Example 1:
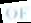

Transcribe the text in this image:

OF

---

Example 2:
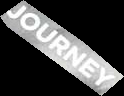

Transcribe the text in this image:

JOURNEY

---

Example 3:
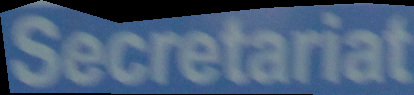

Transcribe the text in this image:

Secretariat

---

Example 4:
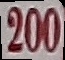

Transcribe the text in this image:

200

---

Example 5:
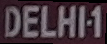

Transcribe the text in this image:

DELHI-1